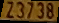
Z3738